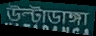
উল্টাডাঙ্গা